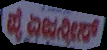
ಪೈಏಜನೀಸ್